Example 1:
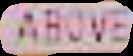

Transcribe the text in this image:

ABOVE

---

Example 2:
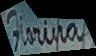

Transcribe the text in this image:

Florina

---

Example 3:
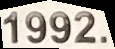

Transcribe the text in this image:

1992.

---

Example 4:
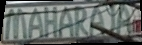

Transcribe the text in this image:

MAHARAYA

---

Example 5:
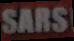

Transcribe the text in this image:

SARS